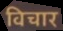
विचार